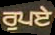
ਰੁਪਏ